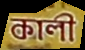
কালী